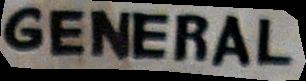
GENERAL